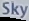
Sky